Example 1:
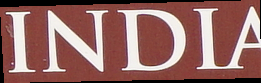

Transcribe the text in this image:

INDIA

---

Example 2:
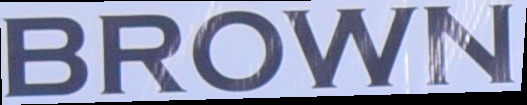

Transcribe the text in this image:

BROWN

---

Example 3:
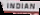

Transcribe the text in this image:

INDIAN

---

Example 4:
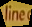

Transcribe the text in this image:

line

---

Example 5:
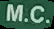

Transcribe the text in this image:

M.C.